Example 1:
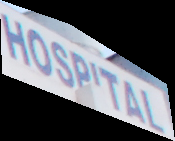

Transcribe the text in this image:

HOSPITAL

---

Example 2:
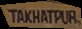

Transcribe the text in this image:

TAKHATPUR,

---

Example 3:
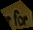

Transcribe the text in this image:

for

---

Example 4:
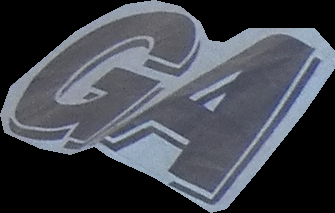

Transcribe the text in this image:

GA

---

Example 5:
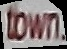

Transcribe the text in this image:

town.